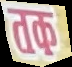
तक